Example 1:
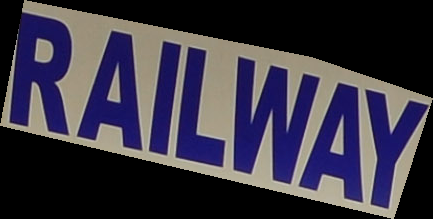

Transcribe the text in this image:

RAILWAY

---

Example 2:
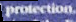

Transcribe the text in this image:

protection.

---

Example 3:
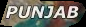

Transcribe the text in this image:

PUNJAB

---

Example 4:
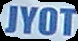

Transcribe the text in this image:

JYOT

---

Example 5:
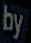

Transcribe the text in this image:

by